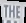
THE